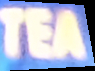
TEA